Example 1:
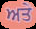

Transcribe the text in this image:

ਅਤੇ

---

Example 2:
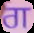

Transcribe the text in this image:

ਗ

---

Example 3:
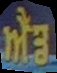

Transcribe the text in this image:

ਐਂਡ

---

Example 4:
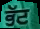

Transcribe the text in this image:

ਭੱਟ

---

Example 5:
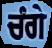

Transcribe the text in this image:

ਚੰਗੇ